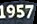
1957